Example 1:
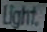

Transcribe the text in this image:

Light.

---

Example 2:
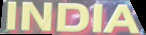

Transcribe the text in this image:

INDIA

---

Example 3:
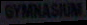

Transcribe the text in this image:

GYMNASIUM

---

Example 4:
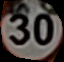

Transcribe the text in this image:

30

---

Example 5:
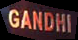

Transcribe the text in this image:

GANDHI